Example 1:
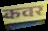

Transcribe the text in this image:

कवर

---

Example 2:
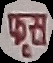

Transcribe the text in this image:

फस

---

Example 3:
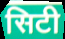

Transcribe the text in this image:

सिटी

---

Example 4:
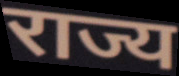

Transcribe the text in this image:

राज्य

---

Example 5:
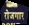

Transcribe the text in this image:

रोजगार